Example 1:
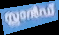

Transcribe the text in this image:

സ്റ്റാൻഡ്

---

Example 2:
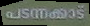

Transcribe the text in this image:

പടന്നക്കാട്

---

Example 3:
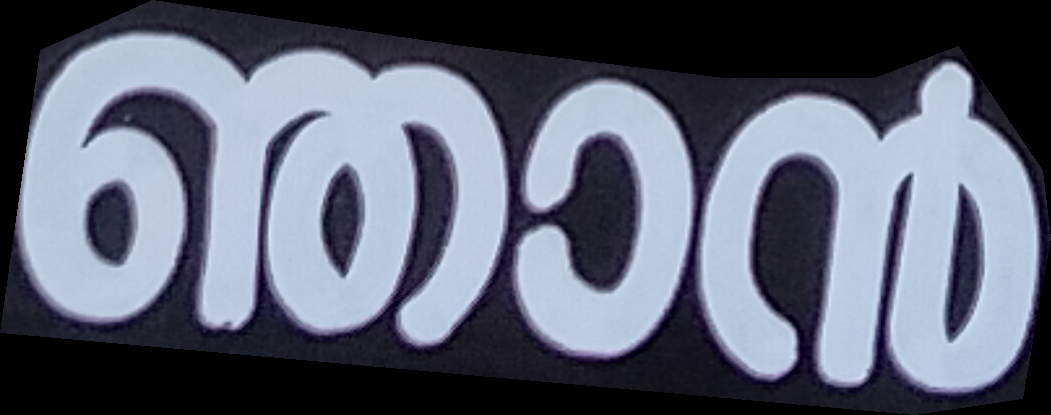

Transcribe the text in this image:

ഞാൻ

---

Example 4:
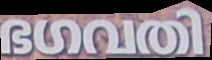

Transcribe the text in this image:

ഭഗവതി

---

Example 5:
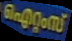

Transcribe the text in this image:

ഐറ്റംസ്